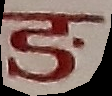
ड.